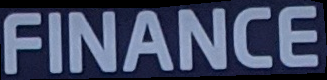
FINANCE